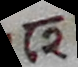
হে